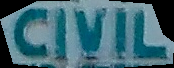
CIVIL